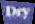
Dry